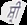
ਸ਼੍ਰੀ